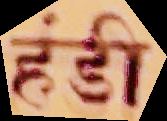
हंडी